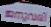
ജനുവരി